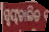
ସ୍ୱୟଂଚାଳିତ